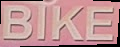
BIKE